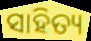
ସାହିତ୍ୟ